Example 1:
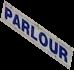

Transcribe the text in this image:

PARLOUR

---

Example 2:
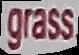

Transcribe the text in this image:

grass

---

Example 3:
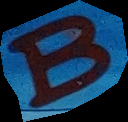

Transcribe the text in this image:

B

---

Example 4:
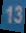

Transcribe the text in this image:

13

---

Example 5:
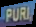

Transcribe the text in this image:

PURI